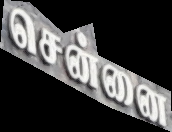
சென்னன